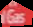
Gas